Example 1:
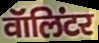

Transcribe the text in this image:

वॉलिंटर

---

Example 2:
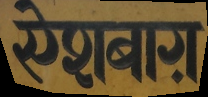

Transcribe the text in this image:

रेशबाग़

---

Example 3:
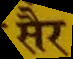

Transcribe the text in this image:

सैर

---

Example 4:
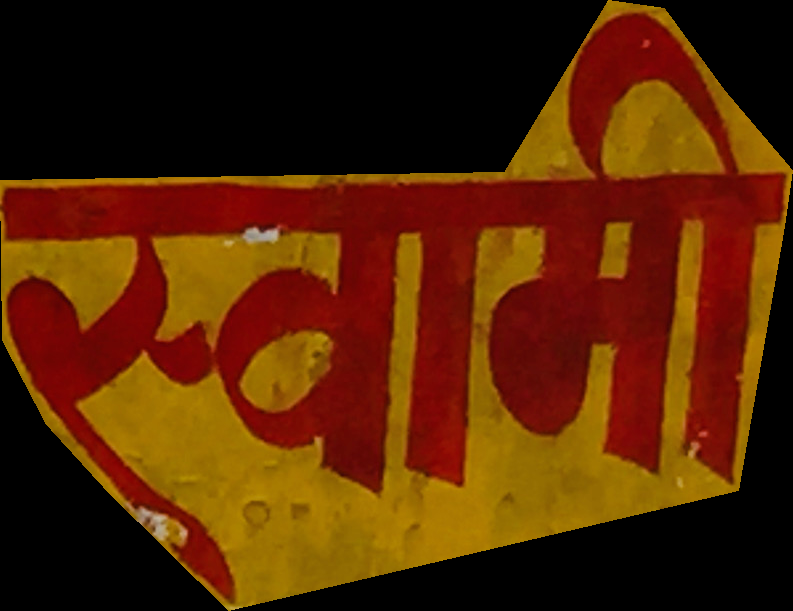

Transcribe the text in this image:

स्वामी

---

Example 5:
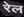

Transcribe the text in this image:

रेल